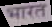
भारत